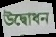
উদ্বোধন